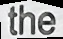
the